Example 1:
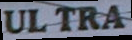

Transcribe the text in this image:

ULTRA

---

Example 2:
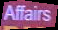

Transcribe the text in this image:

Affairs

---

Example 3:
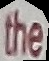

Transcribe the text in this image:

the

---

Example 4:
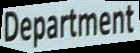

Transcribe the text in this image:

Department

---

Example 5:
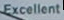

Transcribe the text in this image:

Excellent